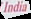
India